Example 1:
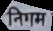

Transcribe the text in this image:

निगम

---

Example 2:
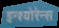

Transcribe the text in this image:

इन्श्योरेन्स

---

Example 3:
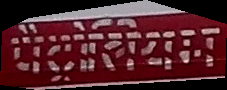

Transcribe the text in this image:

पेट्रोलियम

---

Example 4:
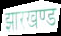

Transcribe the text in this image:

झारखण्ड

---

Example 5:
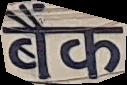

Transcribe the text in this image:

बैंक